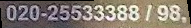
020-25533388/98,